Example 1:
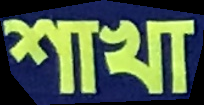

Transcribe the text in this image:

শাখা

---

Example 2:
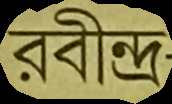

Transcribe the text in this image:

রবীন্দ্র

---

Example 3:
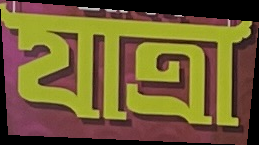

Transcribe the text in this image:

যাত্রা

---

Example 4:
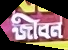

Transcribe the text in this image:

জীবন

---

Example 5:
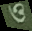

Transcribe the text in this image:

ও